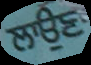
ਲਾਉਣ